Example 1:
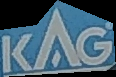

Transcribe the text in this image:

KAG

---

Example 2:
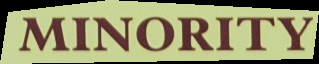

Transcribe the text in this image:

MINORITY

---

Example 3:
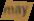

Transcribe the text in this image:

may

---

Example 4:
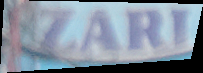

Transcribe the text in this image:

ZARI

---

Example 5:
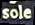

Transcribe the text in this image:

sole